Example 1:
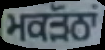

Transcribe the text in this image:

ਮਕੜੋਠਾਂ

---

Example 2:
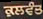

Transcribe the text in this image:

ਕੁਲਵੰਤ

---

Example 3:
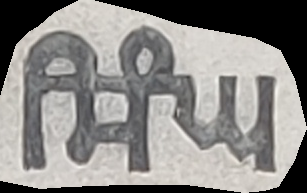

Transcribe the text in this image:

ਸਿੰਘ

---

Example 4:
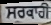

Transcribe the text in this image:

ਸਰਕਾਰੀ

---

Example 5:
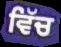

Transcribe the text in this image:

ਵਿੱਚ